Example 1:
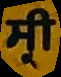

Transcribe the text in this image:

ਸ੍ਰੀ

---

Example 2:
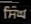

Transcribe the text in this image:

ਸਿੰਘ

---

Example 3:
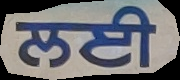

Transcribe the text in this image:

ਲਈ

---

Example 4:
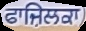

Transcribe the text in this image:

ਫਾਜ਼ਿਲਕਾ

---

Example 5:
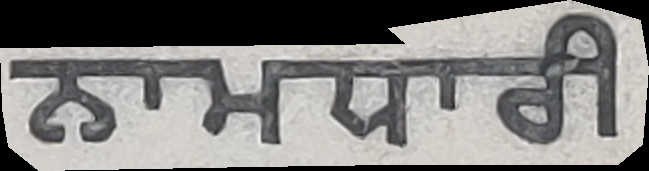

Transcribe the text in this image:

ਨਾਮਧਾਰੀ